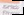
ನಿಗಮ